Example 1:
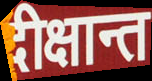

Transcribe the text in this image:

दीक्षान्त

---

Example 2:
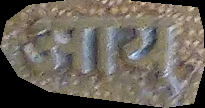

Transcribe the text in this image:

आयु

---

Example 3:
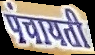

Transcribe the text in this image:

पंचायती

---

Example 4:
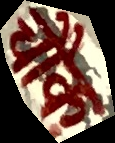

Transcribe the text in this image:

चौक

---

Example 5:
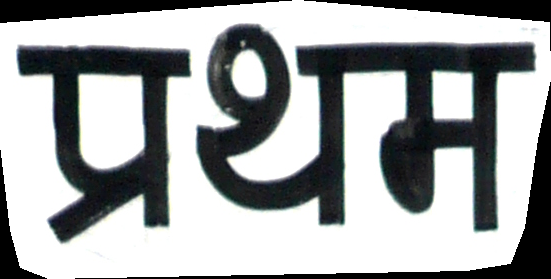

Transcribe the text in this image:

प्रथम